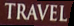
TRAVEL